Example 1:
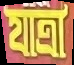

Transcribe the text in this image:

যাত্রা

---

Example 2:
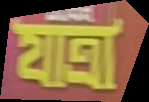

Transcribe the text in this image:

যাত্রা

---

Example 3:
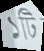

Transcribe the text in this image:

১টি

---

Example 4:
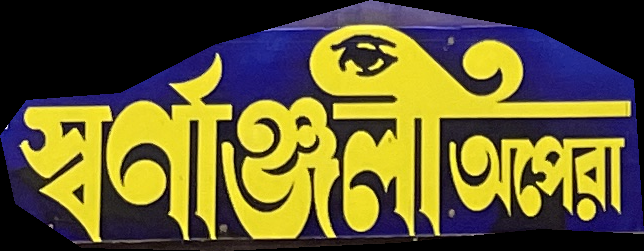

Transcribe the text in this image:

স্বর্ণাঞ্জলী অসেরা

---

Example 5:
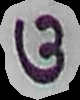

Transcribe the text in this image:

ও